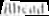
Ahead